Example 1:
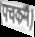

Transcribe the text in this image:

पचकर्म)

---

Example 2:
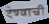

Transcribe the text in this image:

देण्याची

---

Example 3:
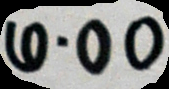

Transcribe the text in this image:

७-००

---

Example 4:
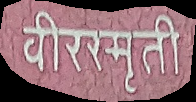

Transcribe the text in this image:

वीरस्मृती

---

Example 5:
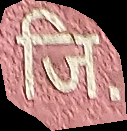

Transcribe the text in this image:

जि.